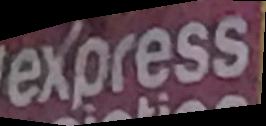
express